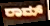
ರಾಮ್